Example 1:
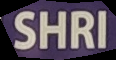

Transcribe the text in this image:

SHRI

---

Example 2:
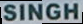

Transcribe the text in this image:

SINGH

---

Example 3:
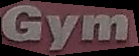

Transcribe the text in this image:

Gym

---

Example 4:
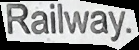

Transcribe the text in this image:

Railway.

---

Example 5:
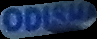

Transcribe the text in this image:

ODISHA